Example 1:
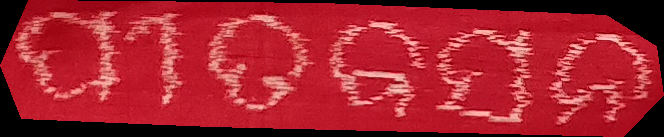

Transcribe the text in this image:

ପୀତବସନ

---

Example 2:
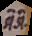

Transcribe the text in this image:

ମି ମି.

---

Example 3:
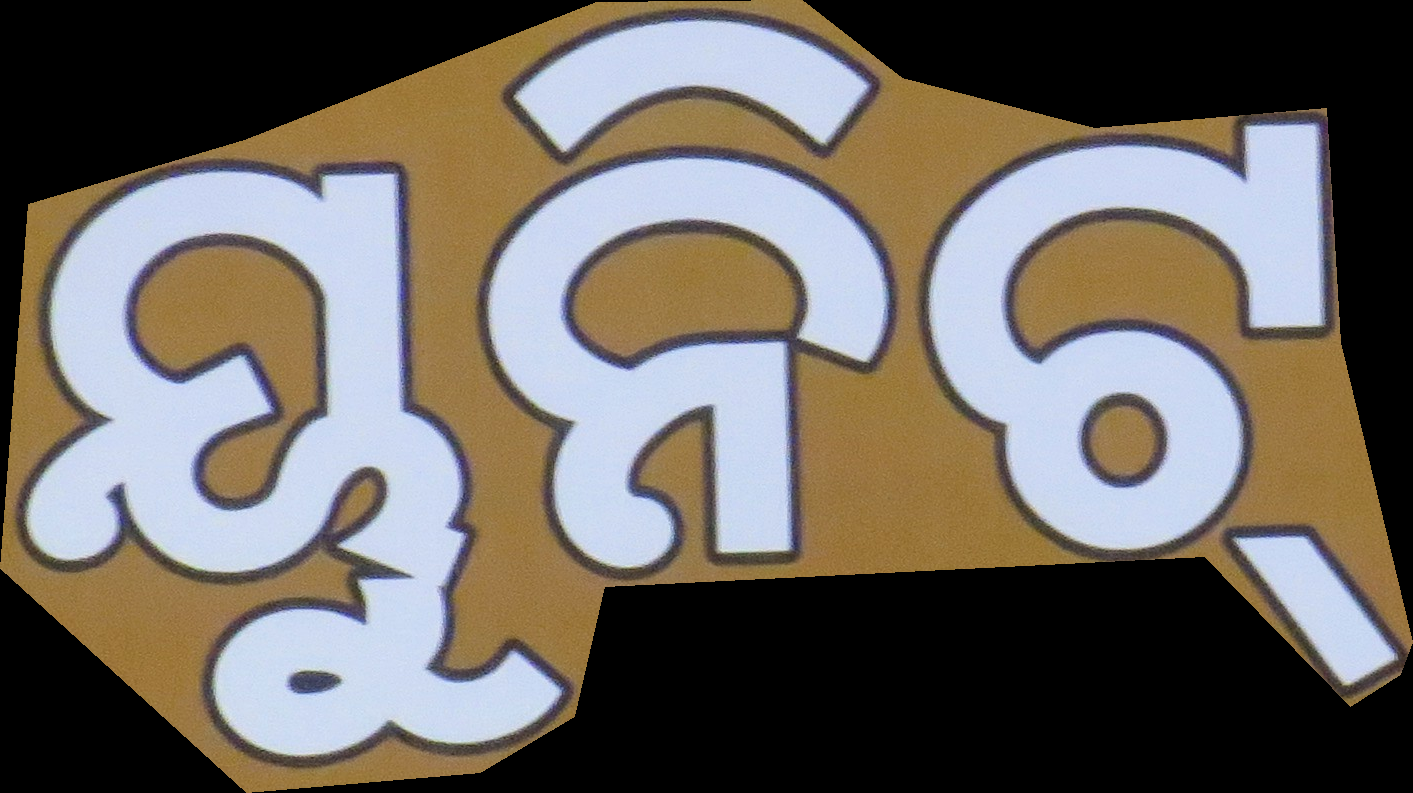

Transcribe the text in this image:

ୟୁନିଟ୍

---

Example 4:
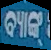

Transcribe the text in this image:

ବ୍ୟାଙ୍କ୍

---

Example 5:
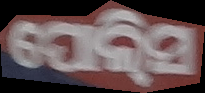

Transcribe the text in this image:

ପୋଲିସ